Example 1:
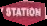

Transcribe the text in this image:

STATION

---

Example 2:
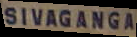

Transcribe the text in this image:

SIVAGANGA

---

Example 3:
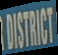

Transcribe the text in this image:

DISTRICT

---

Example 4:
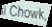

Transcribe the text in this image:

Chowk,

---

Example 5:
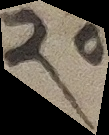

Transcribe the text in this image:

20